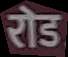
रोड